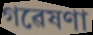
গৱেষণা